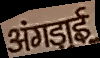
अंगड़ाई